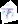
क‍े